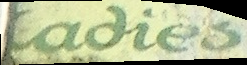
Ladies